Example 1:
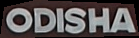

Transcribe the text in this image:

ODISHA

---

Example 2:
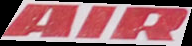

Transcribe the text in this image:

AIR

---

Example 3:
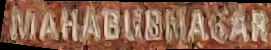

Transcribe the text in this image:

MAHABUBNAGAR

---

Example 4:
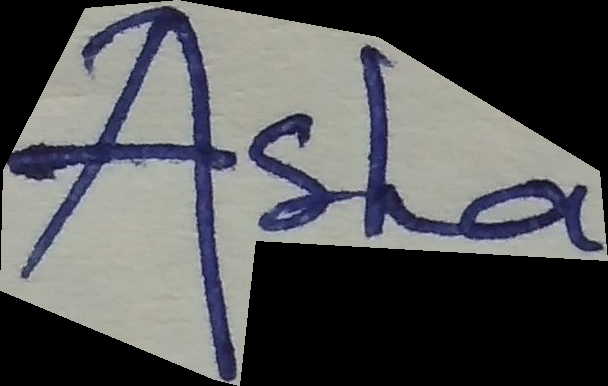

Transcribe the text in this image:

Asha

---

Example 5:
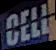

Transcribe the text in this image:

CELL